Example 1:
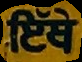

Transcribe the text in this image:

ਇੱਥੇ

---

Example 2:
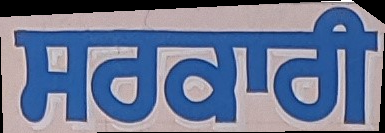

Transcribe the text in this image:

ਸਰਕਾਰੀ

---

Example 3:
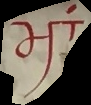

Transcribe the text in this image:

ਮਾਂ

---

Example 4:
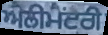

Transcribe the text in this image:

ਐਲੀਮੈਂਟਰੀ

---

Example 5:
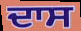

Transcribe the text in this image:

ਦਾਸ